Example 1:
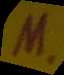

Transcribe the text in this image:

M.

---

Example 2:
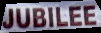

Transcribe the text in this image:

JUBILEE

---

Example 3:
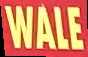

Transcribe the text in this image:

WALE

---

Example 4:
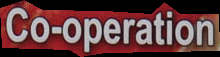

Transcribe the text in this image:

Co-operation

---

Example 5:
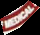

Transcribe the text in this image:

MEDICAL